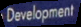
Development